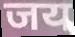
जय